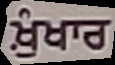
ਖ਼ੁੰਖਰ